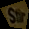
Stir